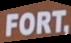
FORT,